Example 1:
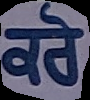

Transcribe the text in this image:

ਕਰੋ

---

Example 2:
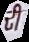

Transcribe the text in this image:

ਦੀ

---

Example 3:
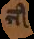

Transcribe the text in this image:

ਜੀ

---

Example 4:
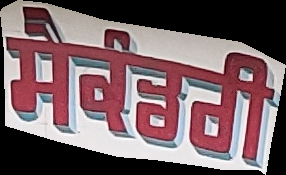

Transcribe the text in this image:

ਸੈਕੰਡਰੀ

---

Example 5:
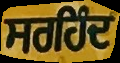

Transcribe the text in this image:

ਸਰਹਿੰਦ